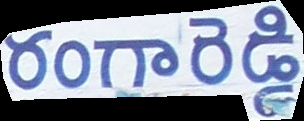
రంగారెడ్డి